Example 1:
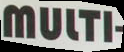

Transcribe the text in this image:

MULTI-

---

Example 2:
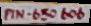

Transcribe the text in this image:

PIN-650606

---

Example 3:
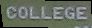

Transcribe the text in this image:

COLLEGE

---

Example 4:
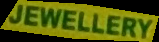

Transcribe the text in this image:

JEWELLERY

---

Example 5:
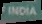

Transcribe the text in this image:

INDIA